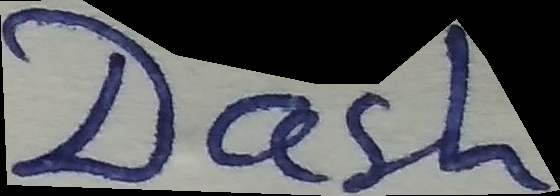
Dash